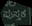
ಪುಸ್ತಕ